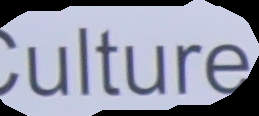
Culture